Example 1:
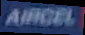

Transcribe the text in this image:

AIRCEL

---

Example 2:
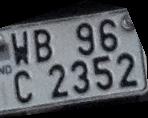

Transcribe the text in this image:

WB96C2352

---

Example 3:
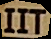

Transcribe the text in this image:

IIT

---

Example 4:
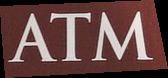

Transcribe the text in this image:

ATM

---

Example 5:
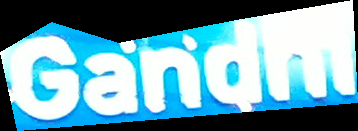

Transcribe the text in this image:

Gandhi